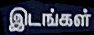
இடங்கள்